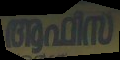
ആഫീസ്